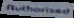
Authorised